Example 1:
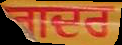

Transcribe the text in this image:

ਗਦਰ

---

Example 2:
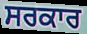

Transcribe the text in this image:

ਸਰਕਾਰ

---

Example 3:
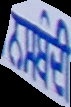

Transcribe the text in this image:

ਨਸਬੰਦੀ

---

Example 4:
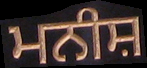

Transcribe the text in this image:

ਮਨੀਸ਼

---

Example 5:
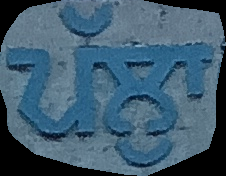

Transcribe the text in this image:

ਪੱਲੁਾ